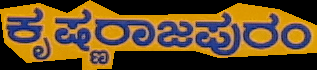
ಕೃಷ್ಣರಾಜಪುರಂ